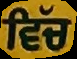
ਵਿੱਚ